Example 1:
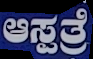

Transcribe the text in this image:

ಆಸ್ಪತ್ರ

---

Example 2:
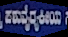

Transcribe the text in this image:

ಪಠುವೈದ್ಯಕೀಯ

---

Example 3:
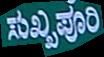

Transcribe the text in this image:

ಸುಖ್ಖಪೂರಿ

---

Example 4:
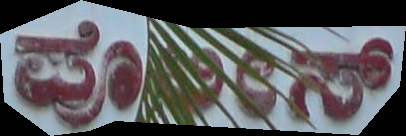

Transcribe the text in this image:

ಪೊಲೀಸ್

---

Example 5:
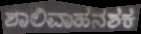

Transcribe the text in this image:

ಶಾಲಿವಾಹನಶಕ